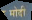
मोदी